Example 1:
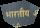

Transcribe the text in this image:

भारतीय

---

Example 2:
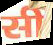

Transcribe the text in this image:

सी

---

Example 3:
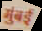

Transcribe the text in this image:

मुंबई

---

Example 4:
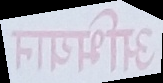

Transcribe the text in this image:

अभियान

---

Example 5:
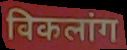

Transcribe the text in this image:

विकलांग